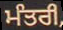
ਮੰਤਰੀ,